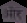
ओर